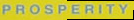
PROSPERITY